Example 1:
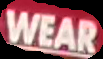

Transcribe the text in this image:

WEAR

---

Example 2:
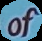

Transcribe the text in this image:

of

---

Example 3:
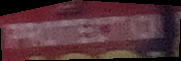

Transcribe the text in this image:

PROTECTION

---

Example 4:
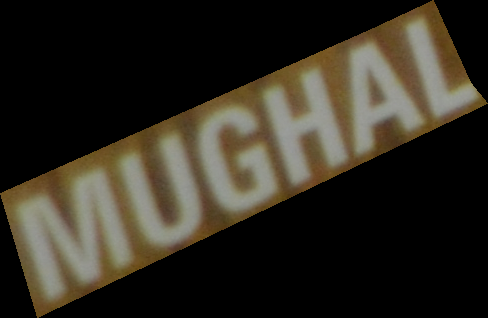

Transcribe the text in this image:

MUGHAL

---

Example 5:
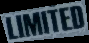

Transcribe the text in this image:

LIMITED